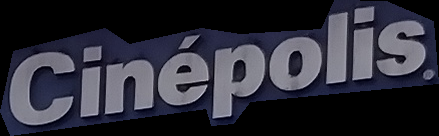
Cinepolis